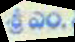
శ్రీ ఎం.